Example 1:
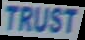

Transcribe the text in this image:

TRUST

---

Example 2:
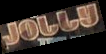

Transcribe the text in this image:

JOLLY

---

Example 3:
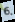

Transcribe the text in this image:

6.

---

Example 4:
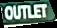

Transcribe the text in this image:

OUTLET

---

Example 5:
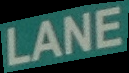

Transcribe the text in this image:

LANE